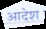
आदेश